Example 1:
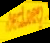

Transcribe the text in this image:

ನೀಡೋಲ್ಲ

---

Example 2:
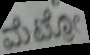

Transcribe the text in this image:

ಮೆಟ್ರೋ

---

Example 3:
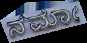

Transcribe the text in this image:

ನಮೋ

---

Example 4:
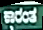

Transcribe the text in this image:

ಕಾರಂತ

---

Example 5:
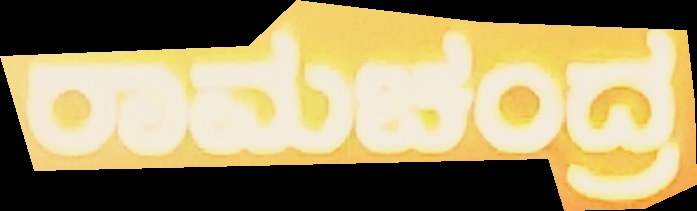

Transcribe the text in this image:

ರಾಮಚಂದ್ರ